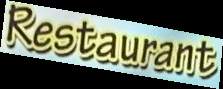
Restaurant